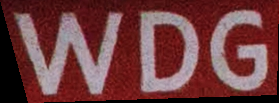
WDG